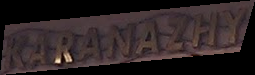
KARANAZHY